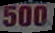
500